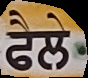
ਫੈਲੇ